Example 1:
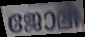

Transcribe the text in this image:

ജോലി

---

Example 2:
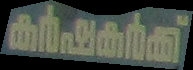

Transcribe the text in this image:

കർഷകർക്ക്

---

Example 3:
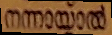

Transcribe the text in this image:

നന്നായാൽ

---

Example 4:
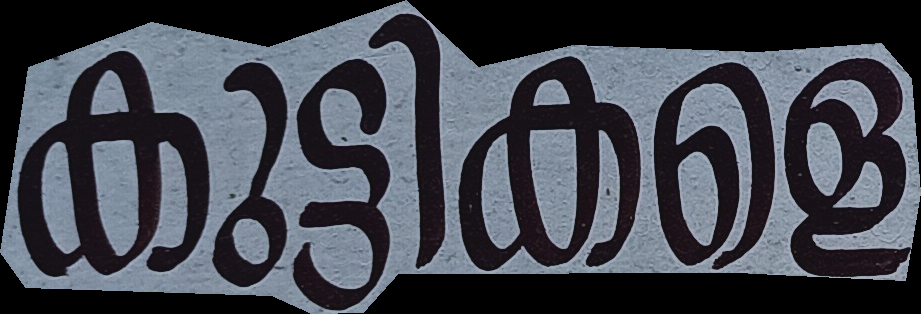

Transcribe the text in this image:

കുട്ടികളെ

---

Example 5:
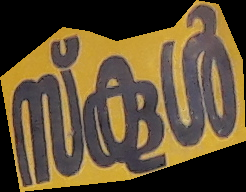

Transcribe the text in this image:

സ്‌കൂൾ